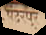
पंढरपूर